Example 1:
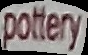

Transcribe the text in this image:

pottery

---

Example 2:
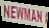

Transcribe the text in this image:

NEWMAN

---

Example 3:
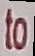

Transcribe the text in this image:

to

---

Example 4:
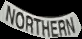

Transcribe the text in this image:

NORTHERN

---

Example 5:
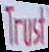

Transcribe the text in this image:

Trust